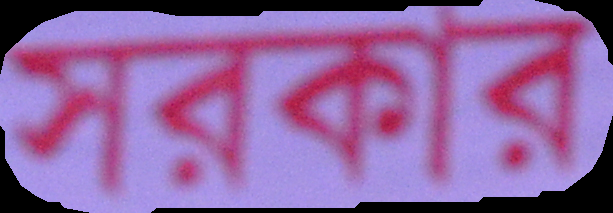
সরকার